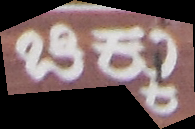
ಚಕ್ಕು